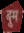
बुम